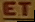
ET